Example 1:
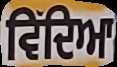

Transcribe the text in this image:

ਵਿੱਦਿਆ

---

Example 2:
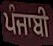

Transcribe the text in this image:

ਪੰਜਾਬੀ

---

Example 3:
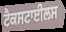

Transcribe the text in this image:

ਟੈਕਸਟਾਈਲਸ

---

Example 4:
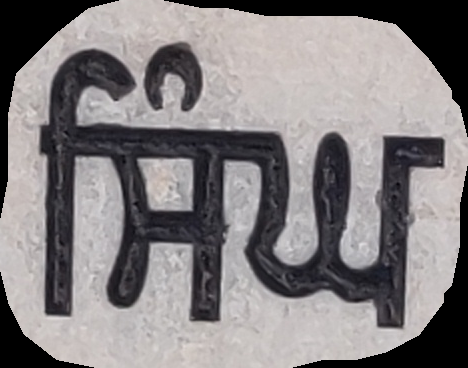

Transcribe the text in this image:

ਸਿੰਘ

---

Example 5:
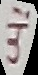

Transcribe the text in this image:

ਤੇਂ